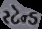
ર૮ેન્ડ